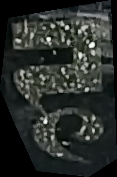
ह